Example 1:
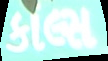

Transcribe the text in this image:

કાલ્સ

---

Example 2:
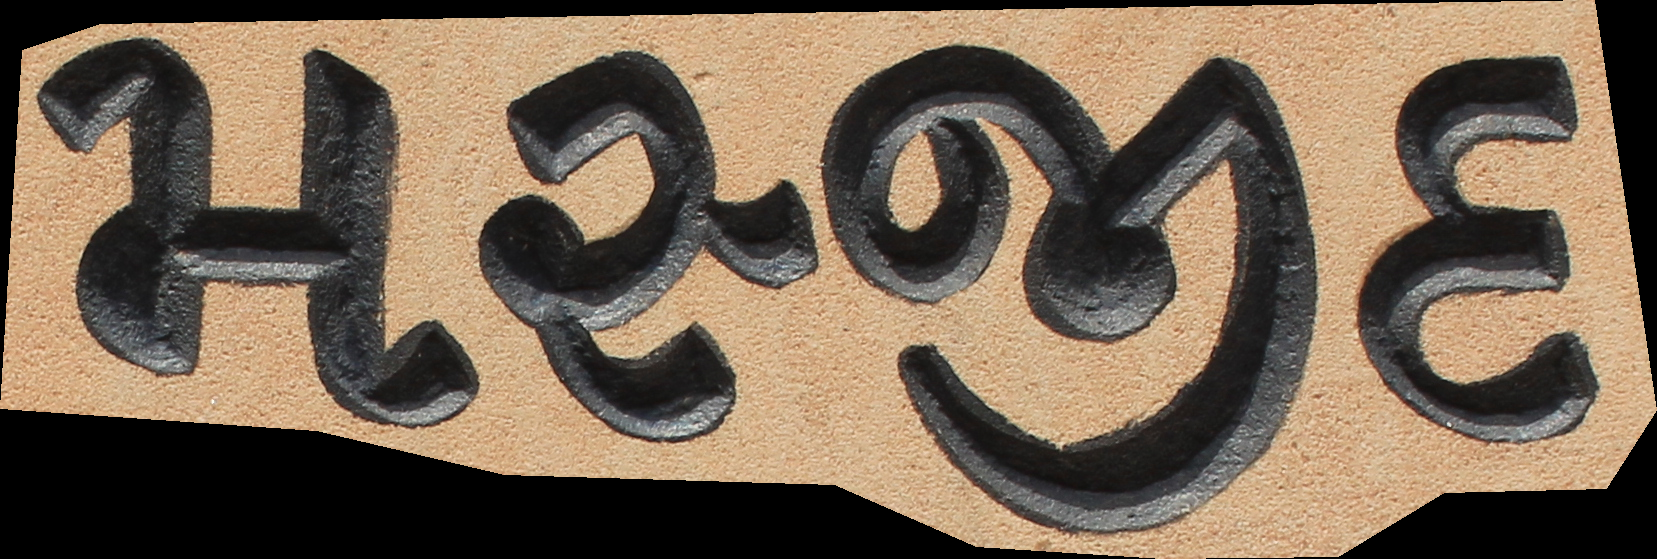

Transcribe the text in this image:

મસ્જીદ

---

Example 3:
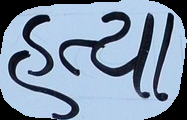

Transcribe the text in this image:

હત્યા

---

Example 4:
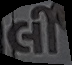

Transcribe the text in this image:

લી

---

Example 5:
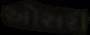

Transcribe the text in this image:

ઓસરી